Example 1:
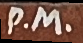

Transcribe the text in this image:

P.M.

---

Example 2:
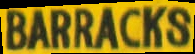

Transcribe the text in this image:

BARRACKS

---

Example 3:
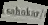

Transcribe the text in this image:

sahokar/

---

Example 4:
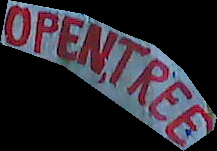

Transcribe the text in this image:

OPEN,TREE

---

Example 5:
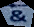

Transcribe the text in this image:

&